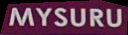
MYSURU